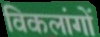
विकलांगों